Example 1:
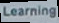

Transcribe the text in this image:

Learning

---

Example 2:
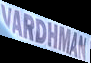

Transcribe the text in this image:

VARDHMAN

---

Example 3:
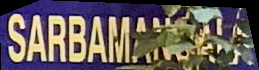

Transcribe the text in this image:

SARBAMA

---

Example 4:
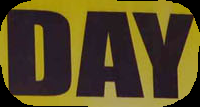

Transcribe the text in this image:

DAY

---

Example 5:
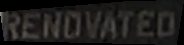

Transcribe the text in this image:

RENOVATED